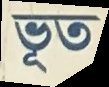
ভূত